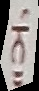
ਨੂੰ